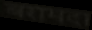
बरामदा